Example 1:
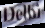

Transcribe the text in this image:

Delhi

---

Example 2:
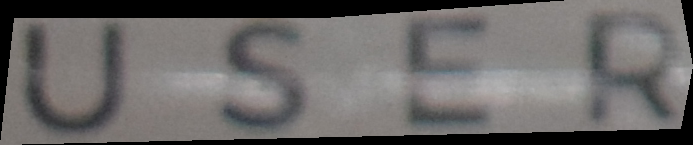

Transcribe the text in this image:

USER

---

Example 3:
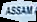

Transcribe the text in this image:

ASSAM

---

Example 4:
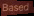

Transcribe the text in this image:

Based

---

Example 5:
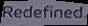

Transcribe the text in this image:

Redefined